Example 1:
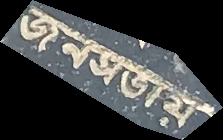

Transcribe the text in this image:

জনসভায়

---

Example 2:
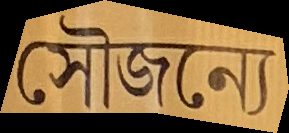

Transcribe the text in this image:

সৌজন্যে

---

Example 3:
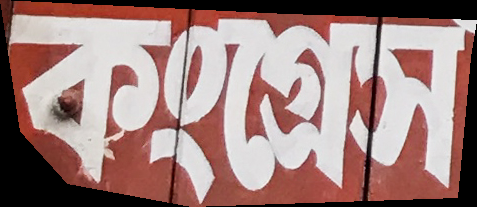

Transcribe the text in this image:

কংগ্রেস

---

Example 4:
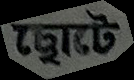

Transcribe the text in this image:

ছোটে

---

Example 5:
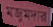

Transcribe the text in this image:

মজুমদার